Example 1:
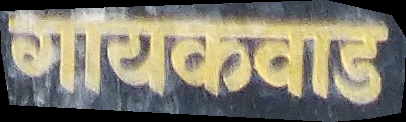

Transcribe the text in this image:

गायकवाड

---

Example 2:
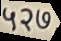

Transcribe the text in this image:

५२७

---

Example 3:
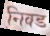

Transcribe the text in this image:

निवड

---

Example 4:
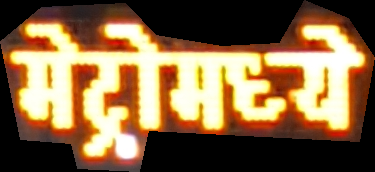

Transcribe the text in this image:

मेट्रोमध्ये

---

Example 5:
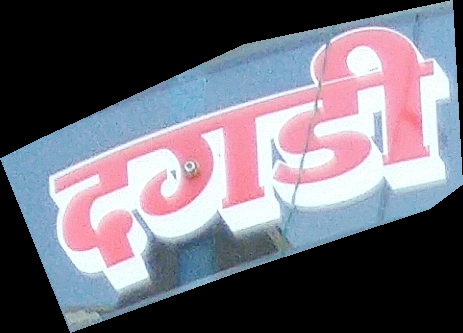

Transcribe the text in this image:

दगडी